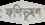
ফণিভূষণ